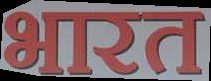
भारत